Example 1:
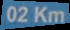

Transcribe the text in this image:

02Km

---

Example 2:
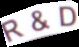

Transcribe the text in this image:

R&D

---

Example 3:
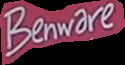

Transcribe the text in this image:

Benware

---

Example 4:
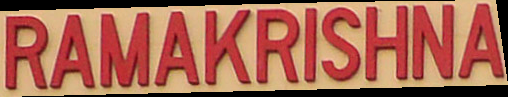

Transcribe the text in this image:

RAMAKRISHNA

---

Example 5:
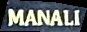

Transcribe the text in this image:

MANALI